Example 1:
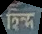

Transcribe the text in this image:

হিন্দ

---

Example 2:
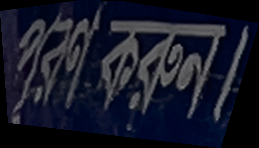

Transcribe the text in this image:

পূরণকরুন।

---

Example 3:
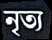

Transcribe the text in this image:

নৃত্য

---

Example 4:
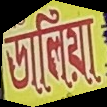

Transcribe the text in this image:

ডালিয়া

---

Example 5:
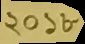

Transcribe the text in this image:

২০১৮